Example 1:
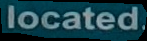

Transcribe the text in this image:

located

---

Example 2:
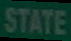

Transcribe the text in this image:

STATE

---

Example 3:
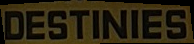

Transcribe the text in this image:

DESTINIES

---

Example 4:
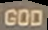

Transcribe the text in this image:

GOD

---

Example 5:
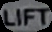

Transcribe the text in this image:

LIFT